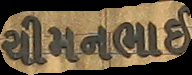
ચીમનભાઈ